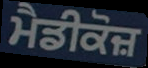
ਮੈਡੀਕੋਜ਼